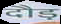
दौड़